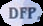
DFP